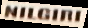
NILGIRI